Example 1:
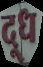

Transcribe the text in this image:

दूध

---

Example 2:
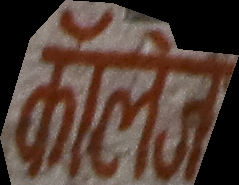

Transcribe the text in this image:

कॅालेज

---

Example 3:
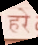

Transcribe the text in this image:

हरे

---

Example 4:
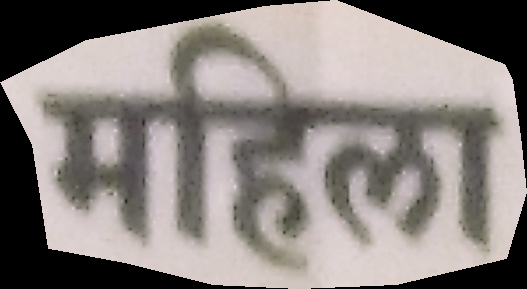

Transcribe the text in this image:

महिला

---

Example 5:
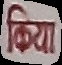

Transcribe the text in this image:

किया